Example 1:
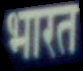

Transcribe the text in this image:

भारत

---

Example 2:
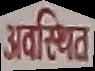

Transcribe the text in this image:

अवस्थित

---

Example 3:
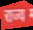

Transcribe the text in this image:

राज्य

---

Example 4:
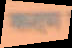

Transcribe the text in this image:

कदम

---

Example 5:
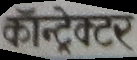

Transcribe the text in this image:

कॉन्ट्रेक्टर